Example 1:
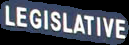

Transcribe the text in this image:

LEGISLATIVE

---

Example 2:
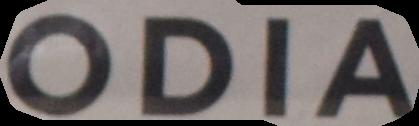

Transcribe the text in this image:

ODIA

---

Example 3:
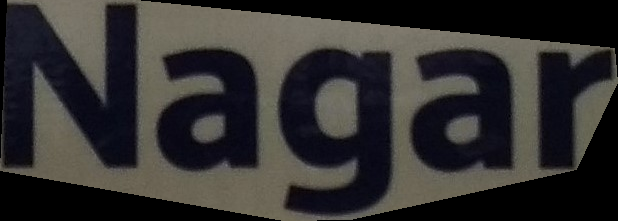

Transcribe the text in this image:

Nagar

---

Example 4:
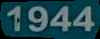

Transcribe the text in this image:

1944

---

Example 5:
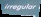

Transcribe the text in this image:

irregular